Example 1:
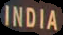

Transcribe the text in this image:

INDIA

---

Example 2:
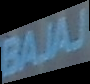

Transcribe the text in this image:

BAJAJ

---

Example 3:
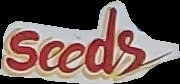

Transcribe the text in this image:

Seeds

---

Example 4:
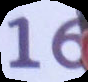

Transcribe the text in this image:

16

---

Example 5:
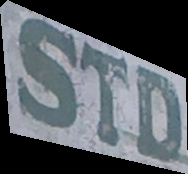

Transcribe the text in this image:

STD